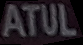
ATUL